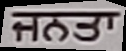
ਜਨਤਾ